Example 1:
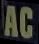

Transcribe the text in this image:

AC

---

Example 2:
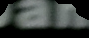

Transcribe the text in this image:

an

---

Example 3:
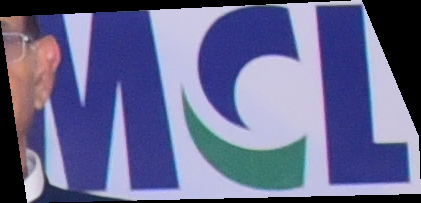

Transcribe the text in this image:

MCL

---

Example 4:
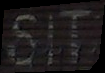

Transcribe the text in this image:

SIT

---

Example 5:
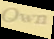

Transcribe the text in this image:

Own